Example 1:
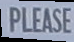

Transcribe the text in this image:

PLEASE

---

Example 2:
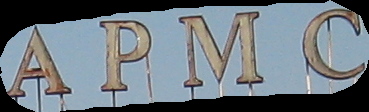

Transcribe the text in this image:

APMC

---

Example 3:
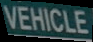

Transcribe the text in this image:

VEHICLE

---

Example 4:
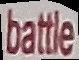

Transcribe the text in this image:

battle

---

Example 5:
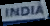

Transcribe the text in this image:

INDIA